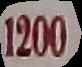
1200